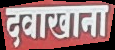
दवाखाना